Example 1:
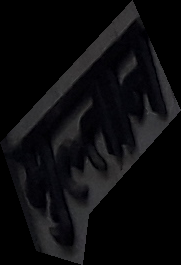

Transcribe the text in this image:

मुल्तान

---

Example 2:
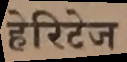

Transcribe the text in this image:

हेरिटेज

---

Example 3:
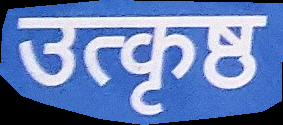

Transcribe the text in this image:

उत्कृष्ठ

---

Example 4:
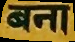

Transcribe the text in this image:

बना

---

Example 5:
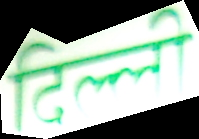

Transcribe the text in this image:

दिल्ली